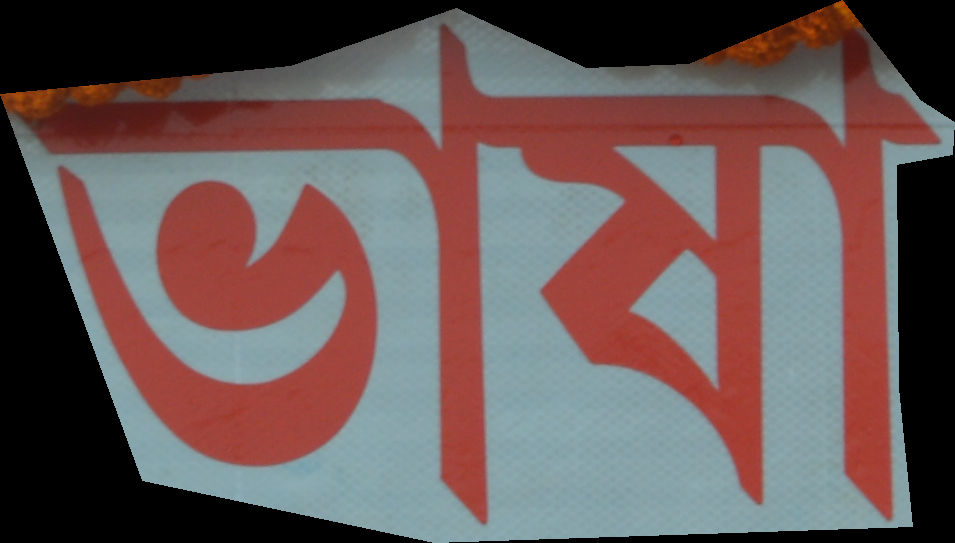
ভাষা